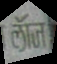
लॉज